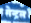
सेन्ट्रल